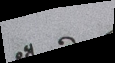
দে সু